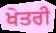
ਖੇਤਰੀ